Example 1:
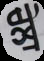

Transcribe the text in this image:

ਚੇਲਾ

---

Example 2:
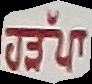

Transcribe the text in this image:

ਹੜੱਪਾ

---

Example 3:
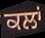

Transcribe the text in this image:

ਕਲਾ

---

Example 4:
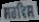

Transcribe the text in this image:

ਸਰਵਿਸ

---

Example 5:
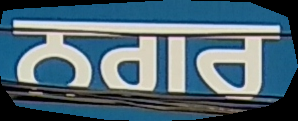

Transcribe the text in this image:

ਨਗਰੁ